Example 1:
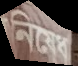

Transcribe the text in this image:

নিয়েধ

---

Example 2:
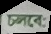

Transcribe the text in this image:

চলবে:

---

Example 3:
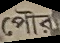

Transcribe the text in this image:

পৌর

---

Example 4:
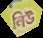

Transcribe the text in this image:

নিউ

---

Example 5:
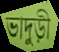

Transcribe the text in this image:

ভাদুড়ী